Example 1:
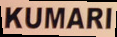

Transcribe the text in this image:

KUMARI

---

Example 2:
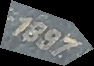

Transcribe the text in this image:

1897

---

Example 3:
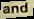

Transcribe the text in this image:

and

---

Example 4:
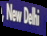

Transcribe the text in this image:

NewDelhi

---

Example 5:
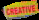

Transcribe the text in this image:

CREATIVE